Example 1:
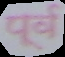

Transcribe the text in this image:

पर्व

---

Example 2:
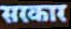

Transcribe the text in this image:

सरकार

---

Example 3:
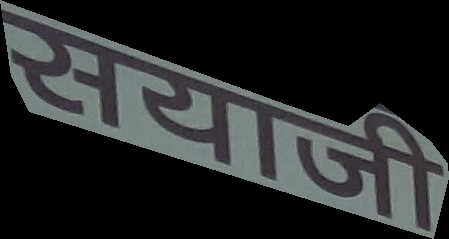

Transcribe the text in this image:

सयाजी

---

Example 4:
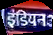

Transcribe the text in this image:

इंडियन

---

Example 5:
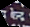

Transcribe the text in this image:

केन्द्र